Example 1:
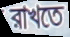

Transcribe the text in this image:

রাখতে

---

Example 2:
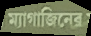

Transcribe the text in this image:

ম্যাগাজিনের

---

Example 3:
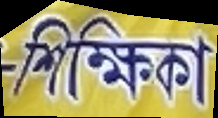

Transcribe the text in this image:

-শিক্ষিকা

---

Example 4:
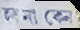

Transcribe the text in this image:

হল না কেন ?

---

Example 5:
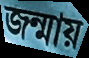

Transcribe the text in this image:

জন্মায়